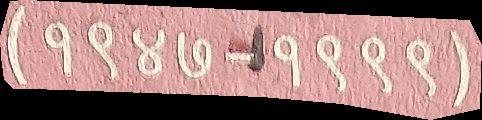
(१९४७-१९९९)